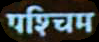
पश्‍चिम